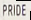
PRIDE